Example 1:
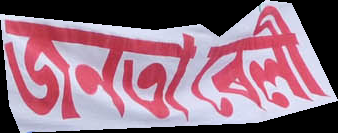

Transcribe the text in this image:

জনতা বেলী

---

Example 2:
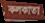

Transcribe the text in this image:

কলকাতা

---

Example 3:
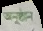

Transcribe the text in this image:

অনুষ্ঠান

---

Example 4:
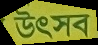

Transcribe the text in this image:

উৎসব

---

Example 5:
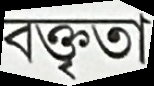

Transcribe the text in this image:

বক্তৃতা